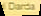
Darda